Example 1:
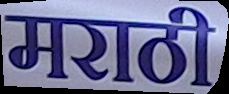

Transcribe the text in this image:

मराठी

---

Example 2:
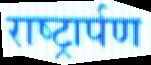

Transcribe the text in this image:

राष्ट्रार्पण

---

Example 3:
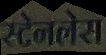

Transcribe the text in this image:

स्टेनलेस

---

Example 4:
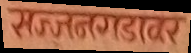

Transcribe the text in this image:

सज्जनगडावर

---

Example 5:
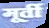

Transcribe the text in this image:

मूर्ती